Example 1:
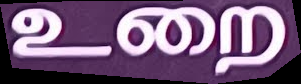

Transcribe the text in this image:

உறை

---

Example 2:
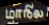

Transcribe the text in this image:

மாநில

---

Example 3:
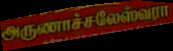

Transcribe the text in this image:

அருணாச்சலேஸ்வரா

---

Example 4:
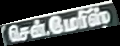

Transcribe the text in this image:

சென்.மேரிஸ்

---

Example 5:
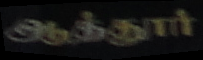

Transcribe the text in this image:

ஆத்தூர்